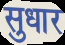
सुधार